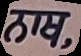
ਨਾਥ,